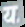
य.